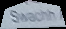
Swachh